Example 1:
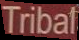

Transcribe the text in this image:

Tribal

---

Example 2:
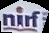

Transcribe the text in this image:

nirf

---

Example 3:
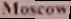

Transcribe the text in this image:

Moscow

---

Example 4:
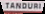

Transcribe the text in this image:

TANDURI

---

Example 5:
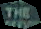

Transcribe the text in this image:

THE